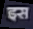
इस